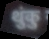
थुंकु